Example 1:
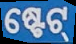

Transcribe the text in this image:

ଷ୍ଟେଟ୍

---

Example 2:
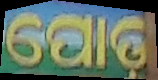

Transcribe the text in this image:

ପୋତ଼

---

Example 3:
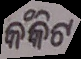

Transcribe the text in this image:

କଂକିଟ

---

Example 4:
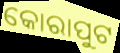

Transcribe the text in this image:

କୋରାପୁଟ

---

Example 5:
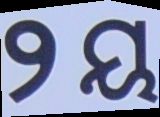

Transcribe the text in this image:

୨ୟ